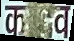
कव